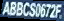
ABBCS0672F